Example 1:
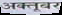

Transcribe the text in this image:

अक्तूबर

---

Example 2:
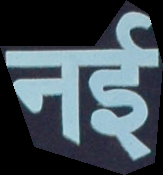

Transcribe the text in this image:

नई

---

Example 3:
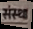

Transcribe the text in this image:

संस्था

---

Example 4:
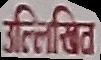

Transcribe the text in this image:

उल्‍लिखित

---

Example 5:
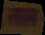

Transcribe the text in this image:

तल